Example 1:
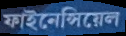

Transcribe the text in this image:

ফাইনেন্সিয়েল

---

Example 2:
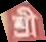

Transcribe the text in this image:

শ্রী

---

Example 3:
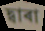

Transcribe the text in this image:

দ্বাৰা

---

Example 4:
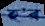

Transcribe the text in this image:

হ'ব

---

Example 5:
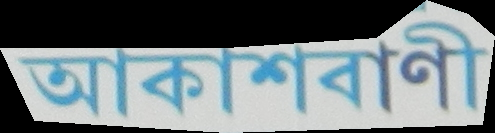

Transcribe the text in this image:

আকাশবাণী